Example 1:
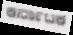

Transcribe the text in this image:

ಆರ್ನಾಟಕ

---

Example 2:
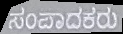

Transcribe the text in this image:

ಸಂಪಾದಕರು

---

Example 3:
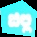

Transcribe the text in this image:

ಜಲ್ಲ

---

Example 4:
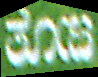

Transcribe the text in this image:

ತೋಟ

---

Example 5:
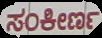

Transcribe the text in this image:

ಸಂಕೀರ್ಣ